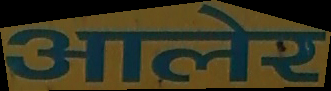
आलेर